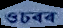
ওচৰৰ